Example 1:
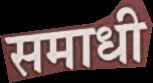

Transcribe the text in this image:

समाधी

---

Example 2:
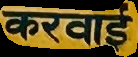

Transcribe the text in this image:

करवाई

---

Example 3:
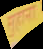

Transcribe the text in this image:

सुहाना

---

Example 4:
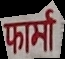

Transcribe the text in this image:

फार्मा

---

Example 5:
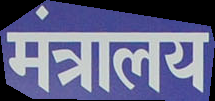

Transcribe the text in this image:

मंत्रालय